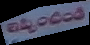
ఇట్పందిండి